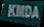
KMDA